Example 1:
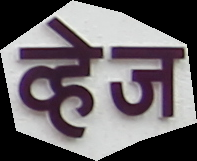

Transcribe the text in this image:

व्हेज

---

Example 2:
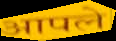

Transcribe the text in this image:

आपले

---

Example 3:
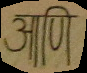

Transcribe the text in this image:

आणि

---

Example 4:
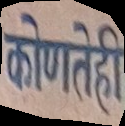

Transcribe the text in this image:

कोणतेही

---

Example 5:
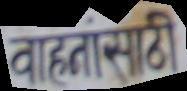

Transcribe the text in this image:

वाहनांसाठी